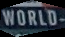
WORLD-